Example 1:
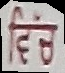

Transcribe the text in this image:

ਵਿੱਚ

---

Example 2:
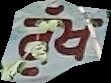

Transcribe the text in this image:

ਰੁੱਖ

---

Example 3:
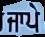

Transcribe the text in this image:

ਜਾਪੇ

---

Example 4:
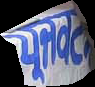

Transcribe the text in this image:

ਪ੍ਰਜਕ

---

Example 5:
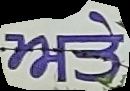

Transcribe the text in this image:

ਅਤੇ